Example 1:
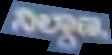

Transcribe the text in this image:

ನಿಲ್ದಾಣ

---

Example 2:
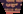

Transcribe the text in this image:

ಆಫ್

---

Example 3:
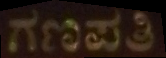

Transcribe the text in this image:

ಗಣಪತಿ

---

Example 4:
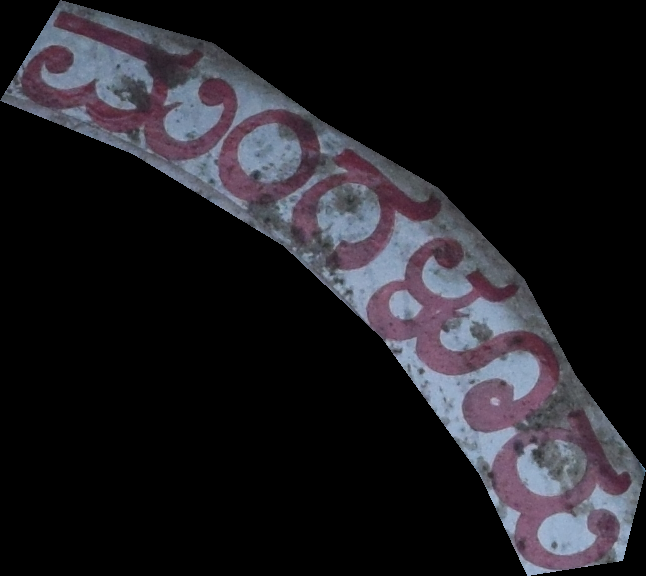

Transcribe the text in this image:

ಮಂಗಳೂರು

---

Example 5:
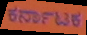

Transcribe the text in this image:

ಕರ್ನಾಟಕ